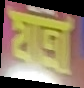
যাত্রা